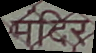
मंदिर